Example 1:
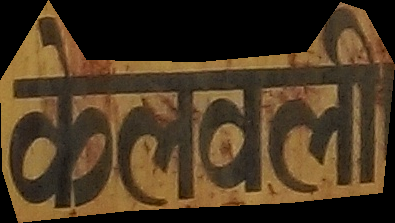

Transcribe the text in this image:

केलवली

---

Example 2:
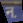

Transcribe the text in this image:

न.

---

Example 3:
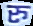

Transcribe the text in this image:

रु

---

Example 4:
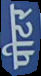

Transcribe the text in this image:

पीटर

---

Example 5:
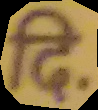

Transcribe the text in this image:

दि.